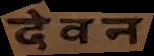
देवन